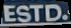
ESTD.